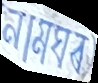
নামঘৰ